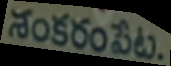
శంకరంపేట